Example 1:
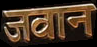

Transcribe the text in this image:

जवान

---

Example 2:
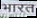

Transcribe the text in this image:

भारत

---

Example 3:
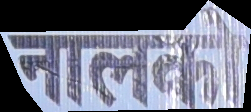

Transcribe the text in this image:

नालको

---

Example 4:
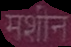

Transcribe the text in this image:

मशीन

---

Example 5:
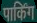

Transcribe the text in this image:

पार्किंग